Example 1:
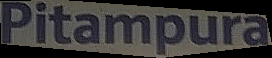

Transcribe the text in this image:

Pitampura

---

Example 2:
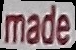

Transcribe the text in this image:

made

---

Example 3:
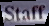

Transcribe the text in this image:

Staff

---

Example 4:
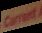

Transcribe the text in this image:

Current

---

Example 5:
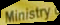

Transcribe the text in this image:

Ministry